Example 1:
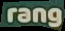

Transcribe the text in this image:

rang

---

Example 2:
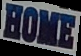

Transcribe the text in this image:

HOME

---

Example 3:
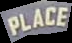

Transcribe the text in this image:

PLACE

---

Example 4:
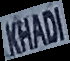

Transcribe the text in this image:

KHADI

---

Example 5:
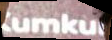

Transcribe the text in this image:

Kumku